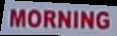
MORNING